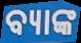
ବ୍ୟାଙ୍କ